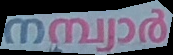
നമ്പ്യാർ